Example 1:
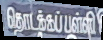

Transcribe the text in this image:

தொடக்கப் பள்ளி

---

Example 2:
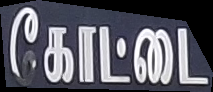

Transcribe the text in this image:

கோட்டை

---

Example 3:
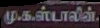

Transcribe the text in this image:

மு.க.ஸ்டாலின்.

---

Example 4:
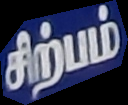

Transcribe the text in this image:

சிற்பம்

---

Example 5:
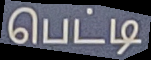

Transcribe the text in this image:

எபட்டி